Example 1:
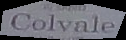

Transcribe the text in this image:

Colvale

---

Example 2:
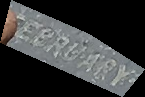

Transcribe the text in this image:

FEBRUARY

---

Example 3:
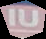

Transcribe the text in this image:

IU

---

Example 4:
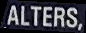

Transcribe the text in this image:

ALTERS,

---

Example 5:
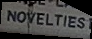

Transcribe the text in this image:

NOVELTIES